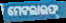
ମେଟଲାଇଫ